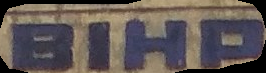
BIHP